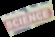
SCIENCE